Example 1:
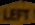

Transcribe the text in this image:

LEFT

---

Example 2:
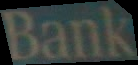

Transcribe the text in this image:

Bank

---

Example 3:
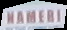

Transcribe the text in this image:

NAMERI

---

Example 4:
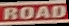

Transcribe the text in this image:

ROAD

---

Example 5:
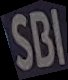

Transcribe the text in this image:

SBI